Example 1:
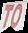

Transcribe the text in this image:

TO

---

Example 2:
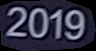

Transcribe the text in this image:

2019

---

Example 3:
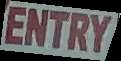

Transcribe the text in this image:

ENTRY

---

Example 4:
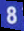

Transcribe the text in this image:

8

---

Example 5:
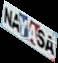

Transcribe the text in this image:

NAYASA